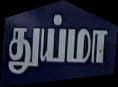
துய்மா